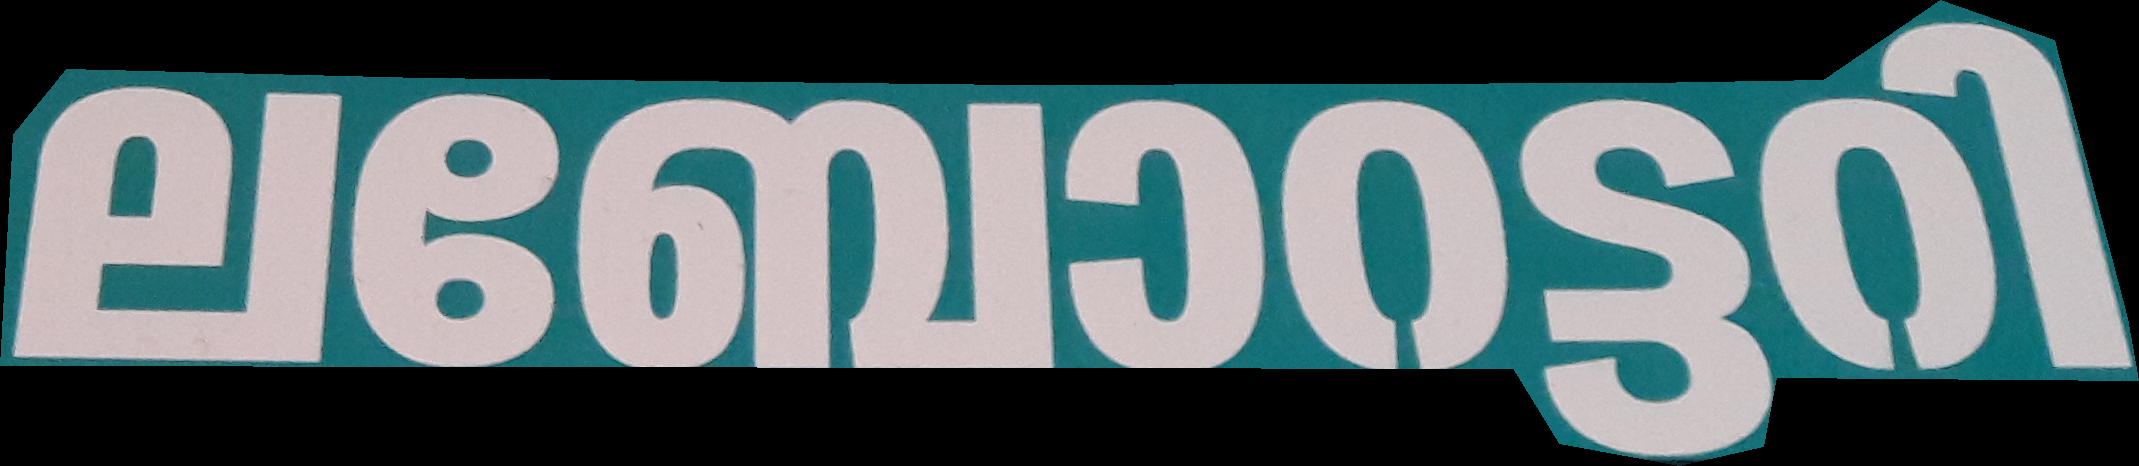
ലബോറട്ടറി